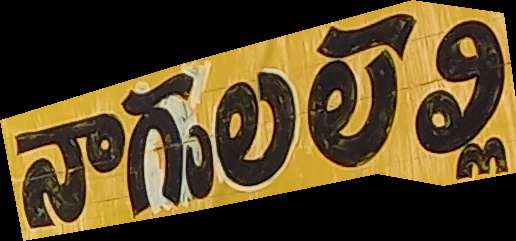
నాగుల లొల్లి